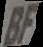
BF